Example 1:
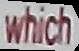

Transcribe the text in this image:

which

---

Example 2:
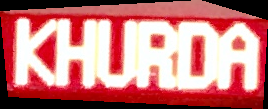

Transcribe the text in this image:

KHURDA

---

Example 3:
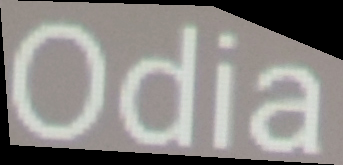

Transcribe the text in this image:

Odia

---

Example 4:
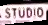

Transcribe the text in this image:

STUDIO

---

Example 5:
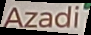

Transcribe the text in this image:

Azadi